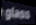
glass